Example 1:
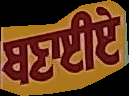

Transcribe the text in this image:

ਬਣਾਈਏ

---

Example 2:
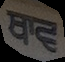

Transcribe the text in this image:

ਥਾਵ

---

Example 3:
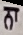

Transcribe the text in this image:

ਨਾ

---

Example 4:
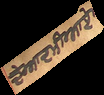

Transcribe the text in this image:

ਦੇਆਦਮੀਆਏ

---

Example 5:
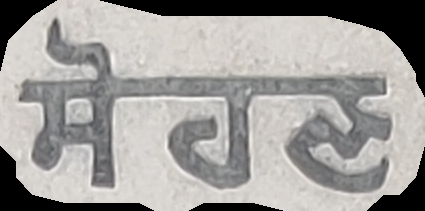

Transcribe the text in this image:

ਸੋਹਣ